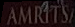
AMRITS